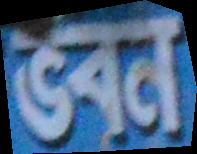
ভবন